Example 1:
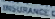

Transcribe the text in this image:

INSURANCE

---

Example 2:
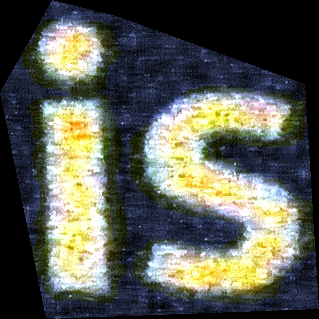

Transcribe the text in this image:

is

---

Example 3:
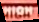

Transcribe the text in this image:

HIGH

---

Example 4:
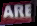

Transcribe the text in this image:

ARE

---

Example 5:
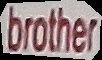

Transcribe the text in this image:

brother